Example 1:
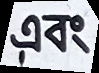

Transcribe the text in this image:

এবং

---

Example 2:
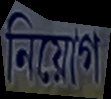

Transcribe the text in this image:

নিয়োগ৷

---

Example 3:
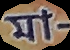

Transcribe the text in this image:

মা-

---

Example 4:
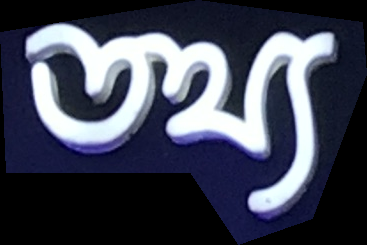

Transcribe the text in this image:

তথ্য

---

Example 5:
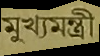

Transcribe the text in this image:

মুখ্যমন্ত্রী